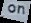
on